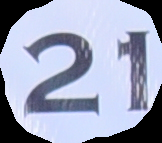
21